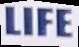
LIFE